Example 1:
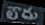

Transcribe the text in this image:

లేదు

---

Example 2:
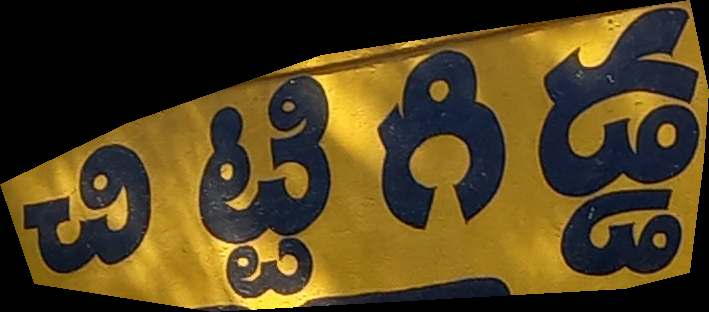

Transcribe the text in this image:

చిట్టిగిడ్డ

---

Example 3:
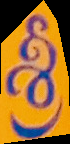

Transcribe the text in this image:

శ్రీ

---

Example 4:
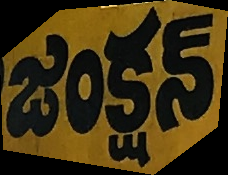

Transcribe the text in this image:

జంక్షన్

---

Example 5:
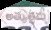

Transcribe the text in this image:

అత్యుత్తమ